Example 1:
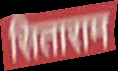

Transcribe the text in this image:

सिताराम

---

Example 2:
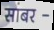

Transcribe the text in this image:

सांबर-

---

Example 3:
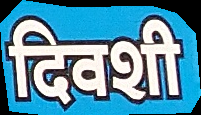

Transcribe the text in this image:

दिवशी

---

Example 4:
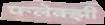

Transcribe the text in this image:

फ्लेक्झी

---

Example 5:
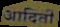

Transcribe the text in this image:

आदिती